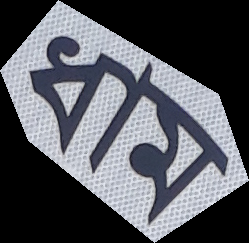
ধাম